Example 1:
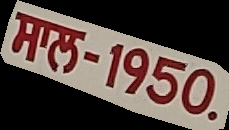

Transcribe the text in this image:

ਸਾਲ-1950.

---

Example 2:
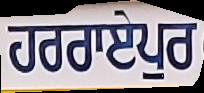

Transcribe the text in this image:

ਹਰਰਾਏਪੁਰ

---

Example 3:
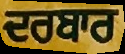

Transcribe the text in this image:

ਦਰਬਾਰ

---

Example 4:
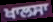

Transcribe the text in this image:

ਖਾਲਸਾ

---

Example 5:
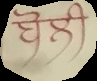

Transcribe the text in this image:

ਬੇਲੀ